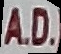
A.D.